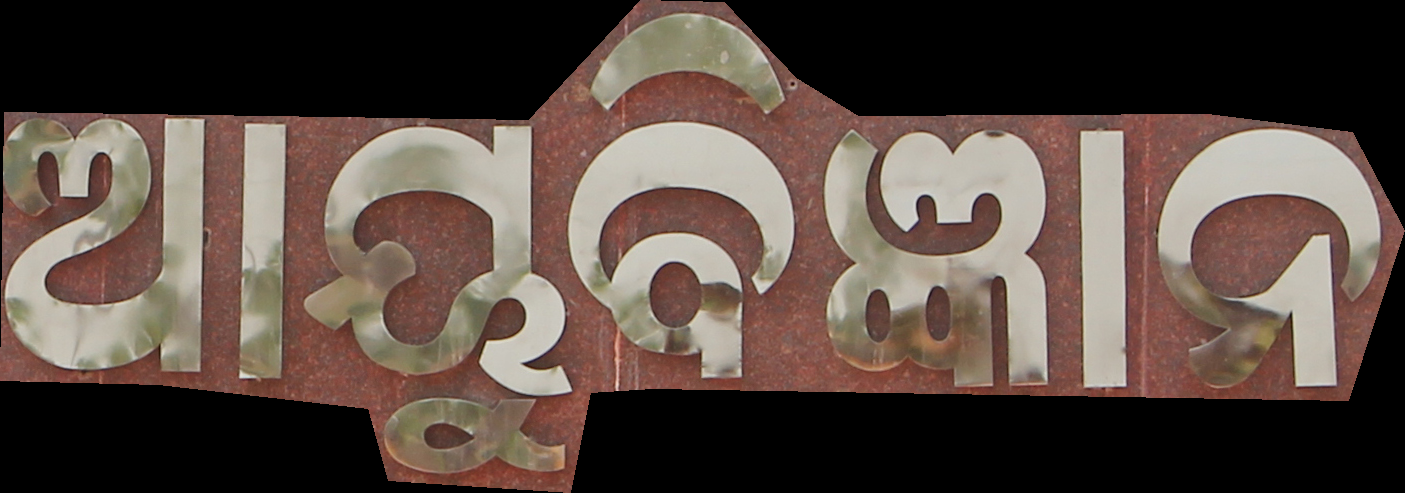
ଆୟୁବିଜ୍ଞାନ